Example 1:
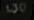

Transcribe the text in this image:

130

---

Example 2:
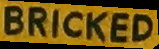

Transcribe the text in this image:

BRICKED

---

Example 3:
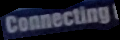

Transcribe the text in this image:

Connecting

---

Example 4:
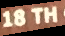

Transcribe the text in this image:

18TH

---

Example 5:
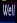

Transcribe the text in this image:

Well